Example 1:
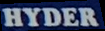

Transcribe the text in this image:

HYDER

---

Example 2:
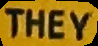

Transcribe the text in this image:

THEY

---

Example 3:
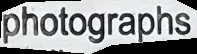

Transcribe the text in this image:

photographs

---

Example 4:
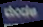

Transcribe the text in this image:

chocks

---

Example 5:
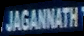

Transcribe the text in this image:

JAGANNATH